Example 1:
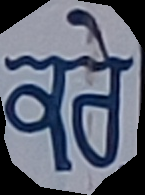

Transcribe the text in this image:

ਕਰੇ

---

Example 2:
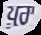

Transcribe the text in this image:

ਪੂਰਾ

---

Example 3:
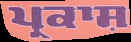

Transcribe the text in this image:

ਪ੍ਰਕਾਸ਼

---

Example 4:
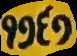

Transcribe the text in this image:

੧੭੬੭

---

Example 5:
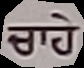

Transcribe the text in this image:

ਚਾਹੇ